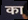
का